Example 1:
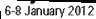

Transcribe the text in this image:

6-8January2012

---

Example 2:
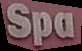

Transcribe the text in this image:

Spa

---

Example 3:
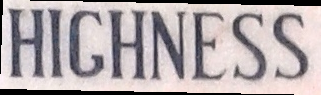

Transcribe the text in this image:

HIGHNESS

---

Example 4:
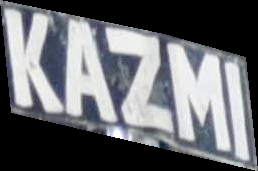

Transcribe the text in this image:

KAZMI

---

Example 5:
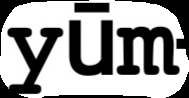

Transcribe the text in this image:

yūm